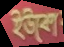
ইউকো